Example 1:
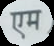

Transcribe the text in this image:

एम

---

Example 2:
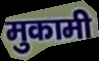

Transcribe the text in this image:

मुकामी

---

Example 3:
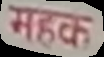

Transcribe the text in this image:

महक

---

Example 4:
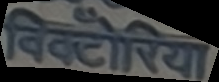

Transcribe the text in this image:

विक्टोरिया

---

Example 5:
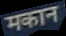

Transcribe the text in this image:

मकान